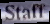
Staff